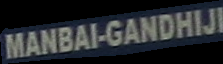
MANBAI-GANDHIJI